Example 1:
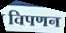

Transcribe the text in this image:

विपणन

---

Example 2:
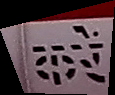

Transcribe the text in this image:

करें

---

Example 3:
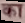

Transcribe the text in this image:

का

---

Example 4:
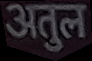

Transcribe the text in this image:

अतुल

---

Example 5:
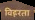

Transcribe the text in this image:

विहरता